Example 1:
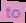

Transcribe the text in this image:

to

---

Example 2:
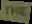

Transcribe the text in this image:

THE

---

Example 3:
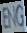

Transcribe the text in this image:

ENG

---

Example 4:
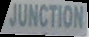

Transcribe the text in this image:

JUNCTION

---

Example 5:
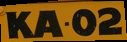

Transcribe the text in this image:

KA-02